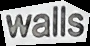
walls